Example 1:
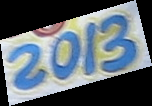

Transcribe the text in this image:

2013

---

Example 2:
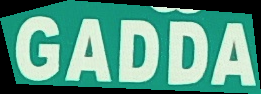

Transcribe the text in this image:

GADDA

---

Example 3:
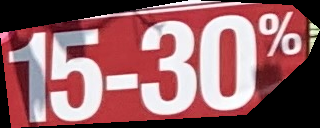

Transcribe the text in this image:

15-30%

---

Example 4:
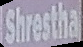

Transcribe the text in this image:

Shrestha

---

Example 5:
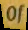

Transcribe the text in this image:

of